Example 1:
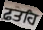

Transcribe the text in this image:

ਫ਼ਤਹਿ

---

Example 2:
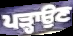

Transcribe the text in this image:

ਪੜ੍ਹਾਉਣ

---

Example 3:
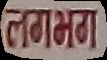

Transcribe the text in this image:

ਲਗਮਗ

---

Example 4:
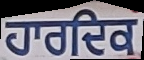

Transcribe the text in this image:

ਹਾਰਦਿਕ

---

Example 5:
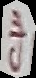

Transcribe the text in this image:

ਹੈ